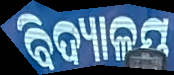
ବିଦ୍ୟାଳୟ